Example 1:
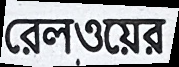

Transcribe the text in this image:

রেলওয়ের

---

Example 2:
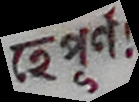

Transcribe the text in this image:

হে পূর্ণ !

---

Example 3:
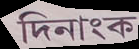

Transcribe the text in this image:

দিনাংক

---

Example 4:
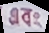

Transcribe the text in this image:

এবং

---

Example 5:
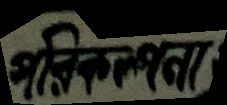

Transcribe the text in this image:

পরিকল্পনা